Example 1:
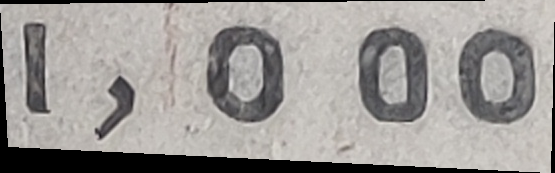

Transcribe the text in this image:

1,000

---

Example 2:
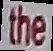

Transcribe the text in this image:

the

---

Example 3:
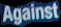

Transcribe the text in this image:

Against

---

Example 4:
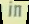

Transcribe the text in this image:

in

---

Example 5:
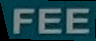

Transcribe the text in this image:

FEE